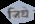
जिथे